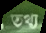
তথ্য